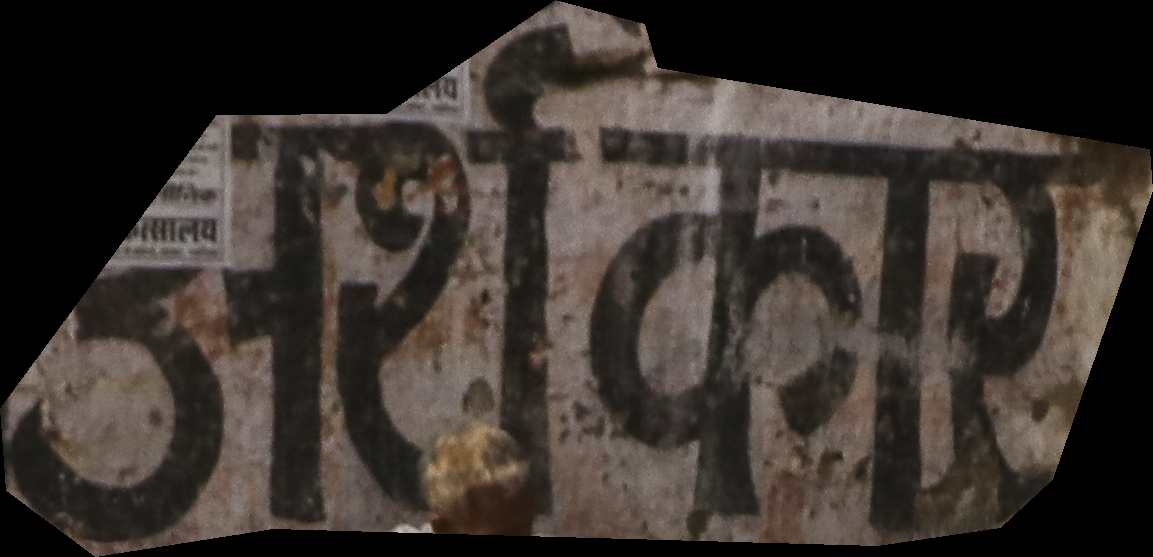
जर्शकार